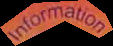
Information